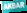
AKBAR